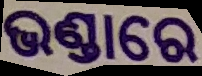
ଭଣ୍ଡାରେ